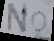
No